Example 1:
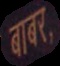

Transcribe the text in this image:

बाबर,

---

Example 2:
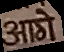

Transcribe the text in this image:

आगे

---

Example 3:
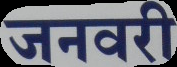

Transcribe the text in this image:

जनवरी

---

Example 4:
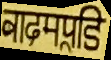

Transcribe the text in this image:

बादमपूडि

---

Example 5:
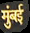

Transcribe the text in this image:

मुंबई